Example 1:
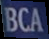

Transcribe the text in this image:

BCA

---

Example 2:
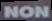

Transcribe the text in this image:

NON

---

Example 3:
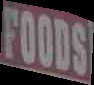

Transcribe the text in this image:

FOODS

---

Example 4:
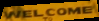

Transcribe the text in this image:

WELCOME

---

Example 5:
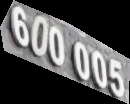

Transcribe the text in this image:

600005